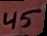
45